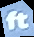
ft